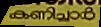
കണിച്ചാർ